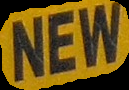
NEW